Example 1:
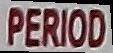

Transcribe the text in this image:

PERIOD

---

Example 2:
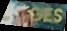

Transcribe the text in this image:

GES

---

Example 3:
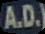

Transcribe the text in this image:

A.D.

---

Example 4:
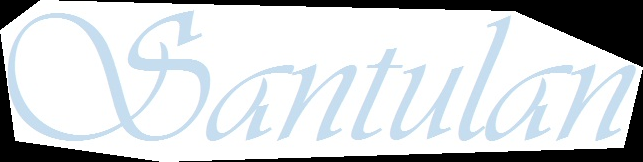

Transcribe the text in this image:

Santulan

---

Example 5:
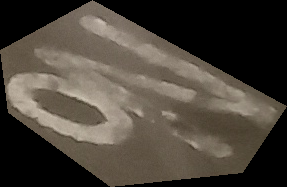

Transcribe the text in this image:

No